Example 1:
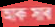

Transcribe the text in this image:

আক সাব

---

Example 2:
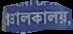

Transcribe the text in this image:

কালকালয়,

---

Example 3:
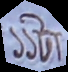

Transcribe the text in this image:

১১টা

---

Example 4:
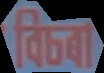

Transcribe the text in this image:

বিচৰা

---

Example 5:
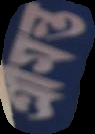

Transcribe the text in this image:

আমন্ত